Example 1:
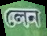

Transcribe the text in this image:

লেন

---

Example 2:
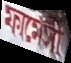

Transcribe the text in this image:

ফার্মেসী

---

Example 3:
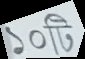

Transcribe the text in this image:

১০টি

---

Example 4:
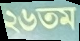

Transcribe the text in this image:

২৬তম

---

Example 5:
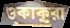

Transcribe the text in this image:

ওকাকুরা